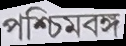
পশ্চিমবঙ্গ